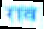
राव